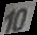
10